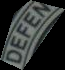
DEFEN